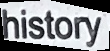
history